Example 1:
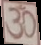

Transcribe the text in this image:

ॐ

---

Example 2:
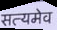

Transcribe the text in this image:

सत्यमेव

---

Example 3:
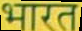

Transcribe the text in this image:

भारत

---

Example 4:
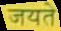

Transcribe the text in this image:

जयते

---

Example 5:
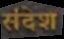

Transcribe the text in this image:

संदेश